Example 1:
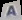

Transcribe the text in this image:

A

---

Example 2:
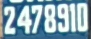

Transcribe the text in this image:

2478910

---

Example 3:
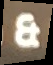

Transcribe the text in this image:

&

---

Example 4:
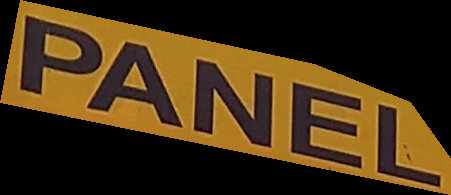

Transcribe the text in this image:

PANEL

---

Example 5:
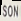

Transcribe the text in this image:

SON